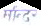
मन्दिर